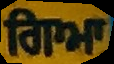
ਗਿਆ